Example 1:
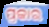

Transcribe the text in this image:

ପ୍ରକାର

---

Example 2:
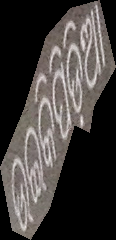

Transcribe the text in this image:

ଉଇକିପିଡ଼ିଆ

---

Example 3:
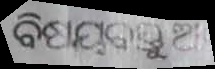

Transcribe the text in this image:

ବିଷୟବସ୍ତୁ ଅ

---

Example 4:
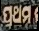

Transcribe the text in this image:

ପ୍ରଥମ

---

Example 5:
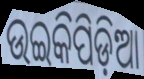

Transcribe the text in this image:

ଉଇକିପିଡ଼ିଆ